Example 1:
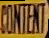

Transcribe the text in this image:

CONTENT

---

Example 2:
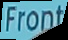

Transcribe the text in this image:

Front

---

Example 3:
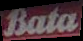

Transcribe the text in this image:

Bata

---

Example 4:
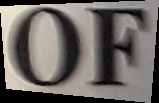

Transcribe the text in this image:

OF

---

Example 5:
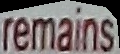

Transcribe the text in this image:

remains